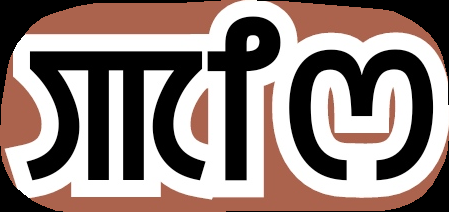
ꯄꯤꯁ